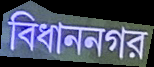
বিধাননগর